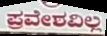
ಪ್ರವೇಶವಿಲ್ಲ